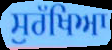
ਸੁਰੱਖਿਆ